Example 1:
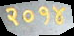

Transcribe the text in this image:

२०१४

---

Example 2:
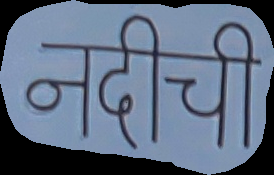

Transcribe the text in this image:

नदीची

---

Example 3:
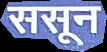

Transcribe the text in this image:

ससून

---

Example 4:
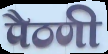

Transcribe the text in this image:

पैठणी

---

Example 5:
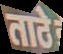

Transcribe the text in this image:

ताठे